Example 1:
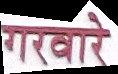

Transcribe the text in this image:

गरवारे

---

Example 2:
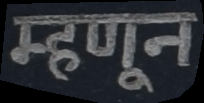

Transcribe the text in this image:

म्हणून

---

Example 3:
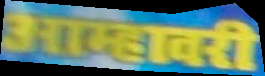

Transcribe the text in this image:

आम्हावरी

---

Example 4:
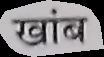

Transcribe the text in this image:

खांब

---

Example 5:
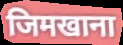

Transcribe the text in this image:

जिमखाना